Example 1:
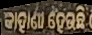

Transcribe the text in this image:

କାହାଣୀ ହେଉଛି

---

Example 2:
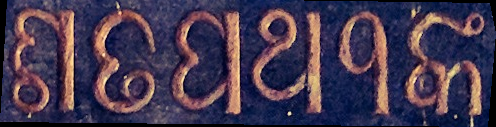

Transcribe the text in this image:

ଶତପଥ୍ୟଙ୍କ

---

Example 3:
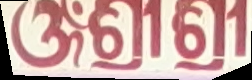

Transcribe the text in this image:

ଓଶ୍ରୀଶ୍ରୀ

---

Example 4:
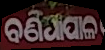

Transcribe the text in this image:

ବଣିଥାପାଳ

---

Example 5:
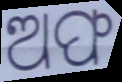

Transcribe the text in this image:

ଅଫ